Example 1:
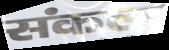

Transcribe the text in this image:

संकल्प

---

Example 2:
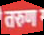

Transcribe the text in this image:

तरुण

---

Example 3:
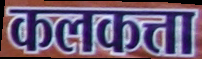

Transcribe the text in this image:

कलकत्ता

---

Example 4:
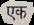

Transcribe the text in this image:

एक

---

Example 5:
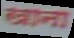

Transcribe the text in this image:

खाना